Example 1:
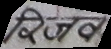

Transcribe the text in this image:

रिजव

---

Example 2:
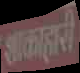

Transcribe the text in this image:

शाकाहारी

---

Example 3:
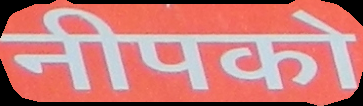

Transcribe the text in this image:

नीपको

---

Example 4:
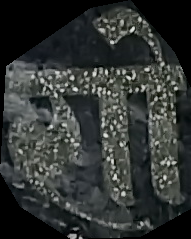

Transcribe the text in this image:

सो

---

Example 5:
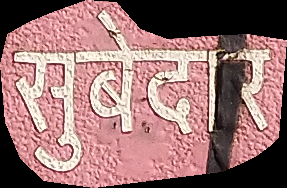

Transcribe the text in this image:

सुबेदार